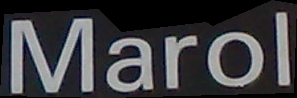
Marol